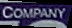
COMPANY